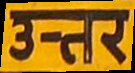
उत्तर